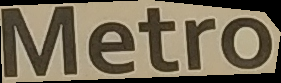
Metro